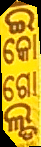
ଇ କୋ ଗୋ ଲ୍ଡ